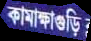
কামাক্ষাগুড়ি